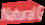
NaturalG